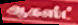
ஆகஸ்ட்